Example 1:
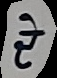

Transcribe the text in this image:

ਦੇ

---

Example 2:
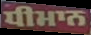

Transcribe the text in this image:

ਧੀਮਾਨ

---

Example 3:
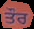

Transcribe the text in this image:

ਤੌਰ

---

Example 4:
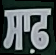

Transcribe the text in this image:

ਸਾਫ਼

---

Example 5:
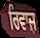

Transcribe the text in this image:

ਰਿਵਾਜ਼